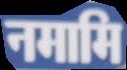
नमामि